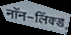
नॉन-लिंक्ड,